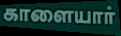
காளையாா்